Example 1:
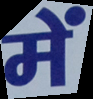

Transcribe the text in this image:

में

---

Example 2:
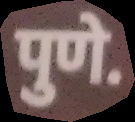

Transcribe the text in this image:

पुणे.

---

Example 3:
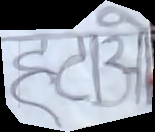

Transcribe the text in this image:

हटाओ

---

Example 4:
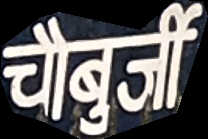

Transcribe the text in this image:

चौबुर्जी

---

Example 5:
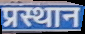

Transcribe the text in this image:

प्रस्‍थान